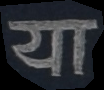
या